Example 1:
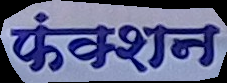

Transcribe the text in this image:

फंक्शन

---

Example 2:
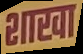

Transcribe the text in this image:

शाखा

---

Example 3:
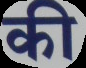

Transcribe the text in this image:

की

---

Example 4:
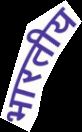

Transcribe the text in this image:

भारतीय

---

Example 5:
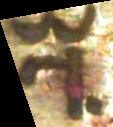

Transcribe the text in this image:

न.